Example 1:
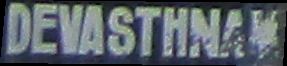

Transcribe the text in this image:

DEVASTHNAM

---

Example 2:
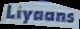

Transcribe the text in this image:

Liyaans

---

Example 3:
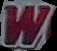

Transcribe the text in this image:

W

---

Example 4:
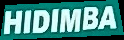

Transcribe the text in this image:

HIDIMBA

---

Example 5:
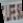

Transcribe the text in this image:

LIFE